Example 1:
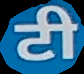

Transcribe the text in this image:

टी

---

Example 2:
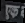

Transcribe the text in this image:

एक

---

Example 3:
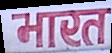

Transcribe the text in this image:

भारत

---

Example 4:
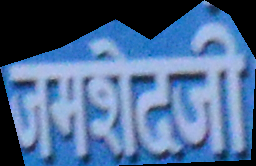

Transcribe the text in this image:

जमशेदजी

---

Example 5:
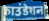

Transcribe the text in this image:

फाउंडेशन